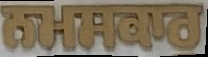
ਨਮਸਕਾਰੁ